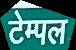
टेम्पल